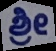
ಶ್ರೀ